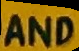
AND